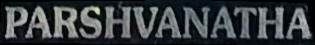
PARSHVANATHA